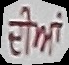
ਦੀਆਂ